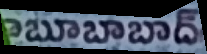
బూబాబాద్